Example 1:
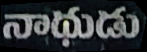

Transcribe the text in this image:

నాథుడు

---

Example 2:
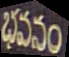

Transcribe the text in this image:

భవనం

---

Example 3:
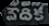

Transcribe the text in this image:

వేదిక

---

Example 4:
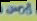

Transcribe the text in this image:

వారికి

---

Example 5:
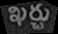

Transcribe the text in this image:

ఖర్చు